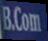
B.Com